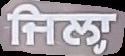
ਜਿਲਾ